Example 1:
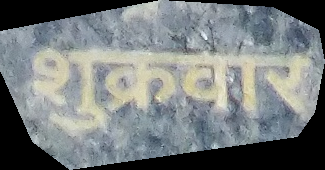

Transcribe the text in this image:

शुक्रवार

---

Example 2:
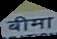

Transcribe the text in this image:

बीमा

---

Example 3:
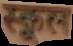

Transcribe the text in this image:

स्‍कूल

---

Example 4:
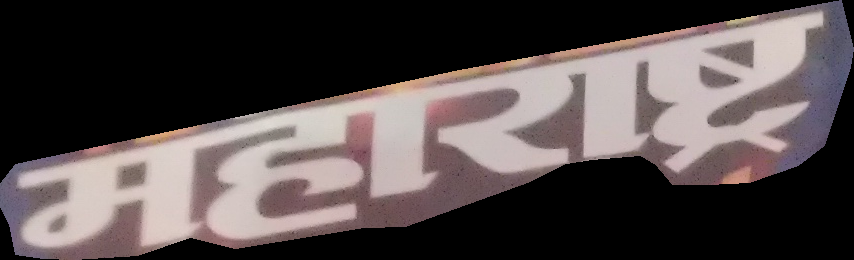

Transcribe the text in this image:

महाराष्ट्र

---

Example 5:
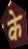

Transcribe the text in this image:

के